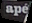
ape